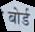
बोर्ड